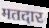
मतदार